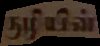
குழியின்